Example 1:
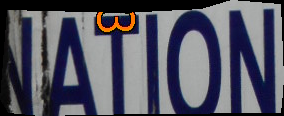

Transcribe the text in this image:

NATION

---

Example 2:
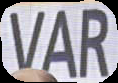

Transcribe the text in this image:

VAR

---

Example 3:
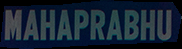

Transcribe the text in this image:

MAHAPRABHU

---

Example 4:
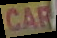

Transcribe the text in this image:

CAR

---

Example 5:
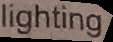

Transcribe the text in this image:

lighting